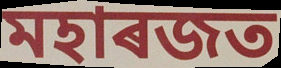
মহাৰজত